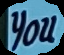
You